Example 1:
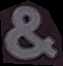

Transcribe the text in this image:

&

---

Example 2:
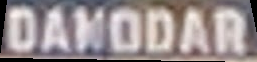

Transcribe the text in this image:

DAMODAR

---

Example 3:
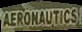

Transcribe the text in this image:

AERONAUTICS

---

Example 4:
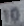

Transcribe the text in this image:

10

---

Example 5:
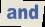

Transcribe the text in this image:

and